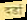
दर्डा